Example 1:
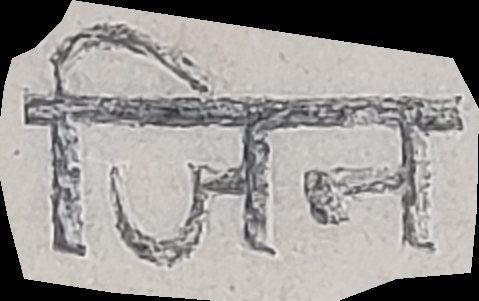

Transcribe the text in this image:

जिन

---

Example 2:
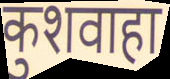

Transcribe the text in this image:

कुशवाहा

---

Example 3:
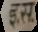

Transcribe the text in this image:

इस़.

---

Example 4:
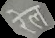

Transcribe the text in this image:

रेल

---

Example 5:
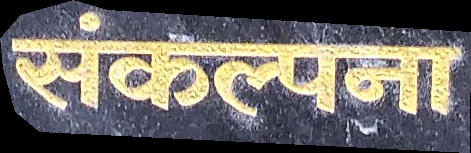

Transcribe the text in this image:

संकल्पना